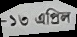
-১৩ এপ্রিল